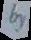
by